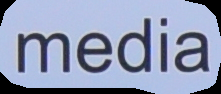
media